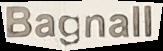
Bagnall